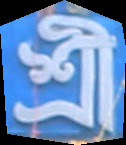
শ্রী